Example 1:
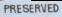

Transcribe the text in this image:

PRESERVED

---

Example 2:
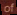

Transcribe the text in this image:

of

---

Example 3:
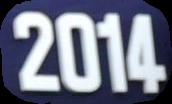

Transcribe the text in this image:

2014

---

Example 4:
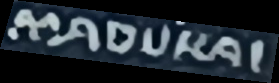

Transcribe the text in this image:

MADUKAI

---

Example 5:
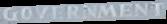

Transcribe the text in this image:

GOVERNMENT